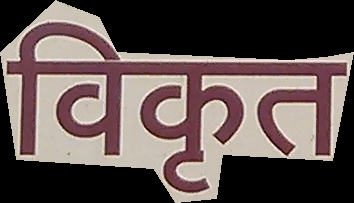
विकृत